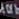
of